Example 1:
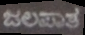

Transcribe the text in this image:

ಜಲಪಾತ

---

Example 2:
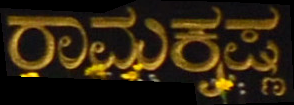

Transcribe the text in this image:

ರಾಮಕೃಷೢ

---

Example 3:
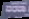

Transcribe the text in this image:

ಬರಲಾ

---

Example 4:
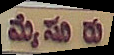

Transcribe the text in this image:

ಮೈಸೂರು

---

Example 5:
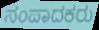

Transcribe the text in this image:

ಸಂಪಾದಕರು